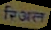
रिअल